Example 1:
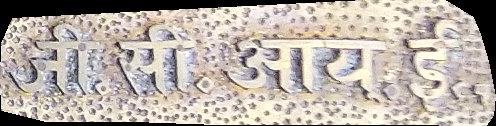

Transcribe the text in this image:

जी.सी.आय.ई.,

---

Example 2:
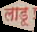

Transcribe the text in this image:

लाडू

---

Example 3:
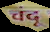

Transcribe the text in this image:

चंदू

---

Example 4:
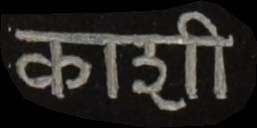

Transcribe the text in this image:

काशी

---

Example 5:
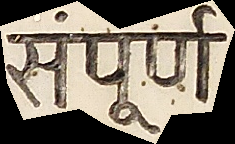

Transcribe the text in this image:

संपूर्ण